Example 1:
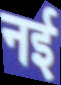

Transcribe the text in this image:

नई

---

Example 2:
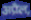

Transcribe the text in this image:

अप्रैल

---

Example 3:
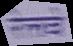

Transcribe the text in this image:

रेलवे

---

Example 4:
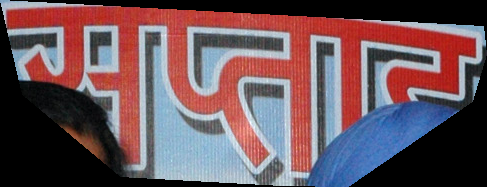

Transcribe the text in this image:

सप्ताह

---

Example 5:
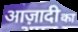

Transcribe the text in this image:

आज़ादीका